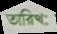
তারিখ: